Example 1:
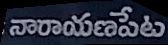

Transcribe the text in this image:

నారాయణపేట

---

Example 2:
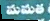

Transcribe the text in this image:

మమత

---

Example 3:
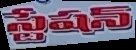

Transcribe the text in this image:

స్టేషన్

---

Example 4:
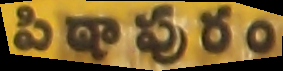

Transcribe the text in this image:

పిఠాపురం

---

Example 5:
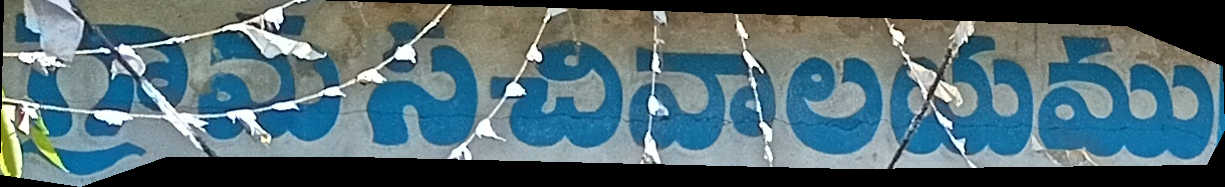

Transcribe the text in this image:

గ్రామ సచినాల దుము